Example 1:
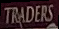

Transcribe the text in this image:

TRADERS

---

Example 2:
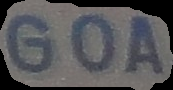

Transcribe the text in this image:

GOA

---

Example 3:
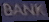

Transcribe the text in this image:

BANK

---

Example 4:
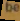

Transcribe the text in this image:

be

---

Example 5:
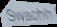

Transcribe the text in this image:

Swachh